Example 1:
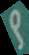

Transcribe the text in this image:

१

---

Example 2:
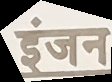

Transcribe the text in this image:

इंजन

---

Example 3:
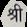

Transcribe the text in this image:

श्री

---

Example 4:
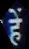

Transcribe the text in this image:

हें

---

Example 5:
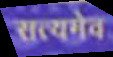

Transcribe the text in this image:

सत्यमेव